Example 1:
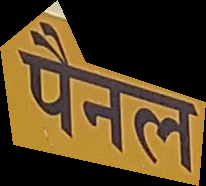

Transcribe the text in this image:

पैनल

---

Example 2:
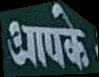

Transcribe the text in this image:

आपके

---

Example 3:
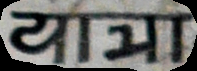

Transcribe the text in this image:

यात्रा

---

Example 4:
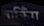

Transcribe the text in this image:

पार्किंग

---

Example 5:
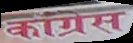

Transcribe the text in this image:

कांग्रेस